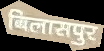
बिलासपुर